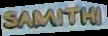
SAMITHI